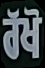
ਰੱਖੋ